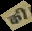
की